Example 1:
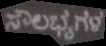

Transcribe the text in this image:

ಸೌಲಭೃಗಳ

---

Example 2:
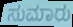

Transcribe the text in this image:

ಸುಮಾರು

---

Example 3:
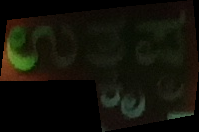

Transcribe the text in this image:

ಉತ್ಕೃಷ್ಠ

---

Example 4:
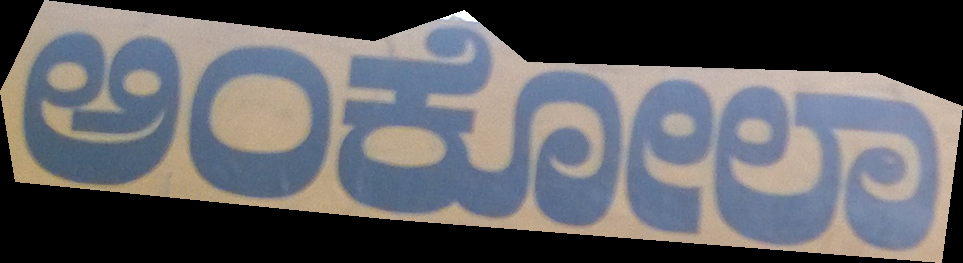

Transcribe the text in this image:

ಅಂಕೋಲಾ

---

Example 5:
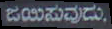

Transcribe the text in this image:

ಜಯಿಸುವುದು,